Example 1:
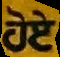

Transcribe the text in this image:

ਹੋਏ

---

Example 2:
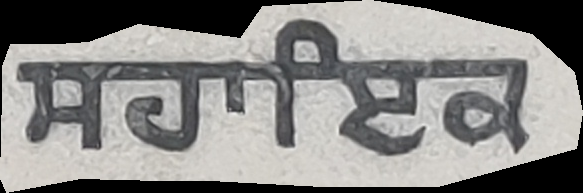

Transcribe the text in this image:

ਸਹਾਇਕ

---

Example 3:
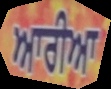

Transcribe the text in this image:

ਆਰੀਆ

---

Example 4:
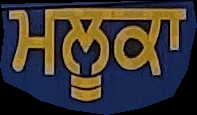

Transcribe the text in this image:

ਮਲੂਕਾ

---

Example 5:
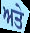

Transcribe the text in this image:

ਅਤੇ